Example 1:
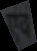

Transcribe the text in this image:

एवं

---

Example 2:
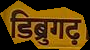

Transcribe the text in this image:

डिब्रुगढ़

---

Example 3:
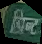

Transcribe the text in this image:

प्रिन्ट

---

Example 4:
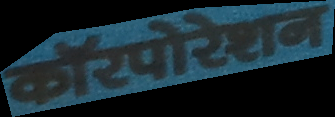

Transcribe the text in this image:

कॉरपोरेशन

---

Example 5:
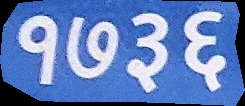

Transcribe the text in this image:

१७३६